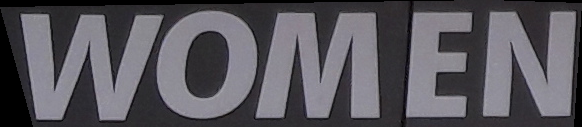
WOMEN